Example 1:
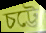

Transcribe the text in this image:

চট্টে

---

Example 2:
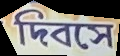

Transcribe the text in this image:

দিবসে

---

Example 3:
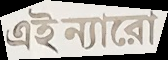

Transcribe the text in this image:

এইন্যারো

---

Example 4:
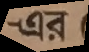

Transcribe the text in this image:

এর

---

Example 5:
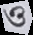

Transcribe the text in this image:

ত্ত